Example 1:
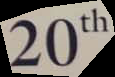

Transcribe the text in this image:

20th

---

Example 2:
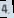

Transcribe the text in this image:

4.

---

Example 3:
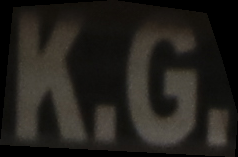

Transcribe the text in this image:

K.G.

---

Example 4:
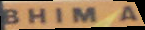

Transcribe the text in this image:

BHIMA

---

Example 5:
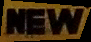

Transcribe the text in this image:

NEW